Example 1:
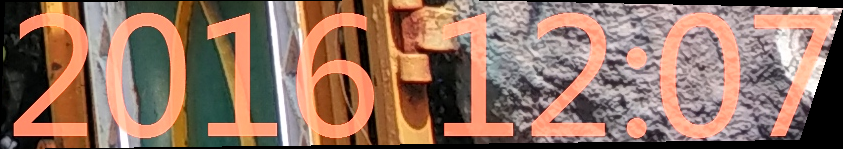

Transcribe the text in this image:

201612:07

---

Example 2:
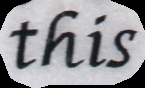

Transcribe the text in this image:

this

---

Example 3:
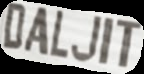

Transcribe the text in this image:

DALJIT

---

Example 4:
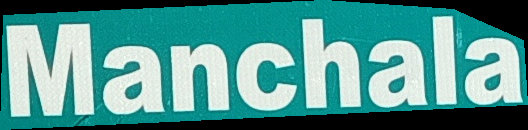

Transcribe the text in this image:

Manchala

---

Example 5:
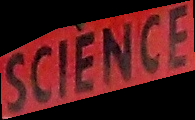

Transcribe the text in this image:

SCIENCE